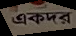
একদর